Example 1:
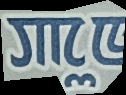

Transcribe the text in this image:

ꯄꯨꯟ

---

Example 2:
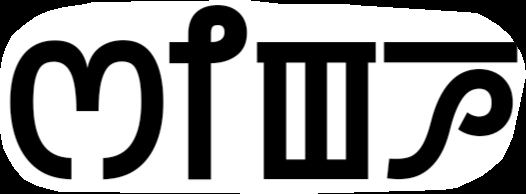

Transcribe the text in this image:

ꯁꯤꯡꯍ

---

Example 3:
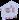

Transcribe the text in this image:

ꯑꯣꯐ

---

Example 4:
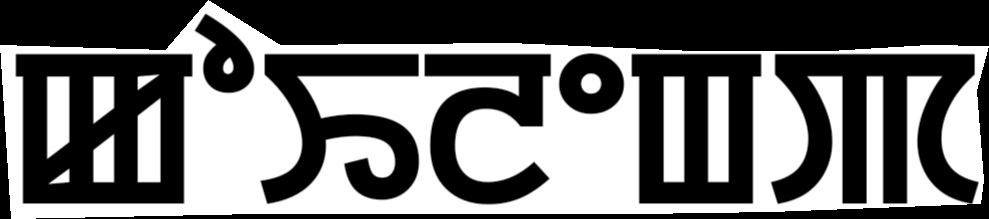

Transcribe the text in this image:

ꯀꯣꯢꯂꯦꯡꯄ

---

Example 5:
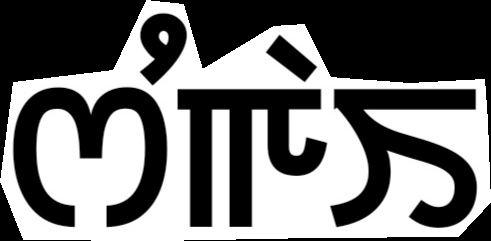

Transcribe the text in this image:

ꯁꯪꯒꯥꯏ